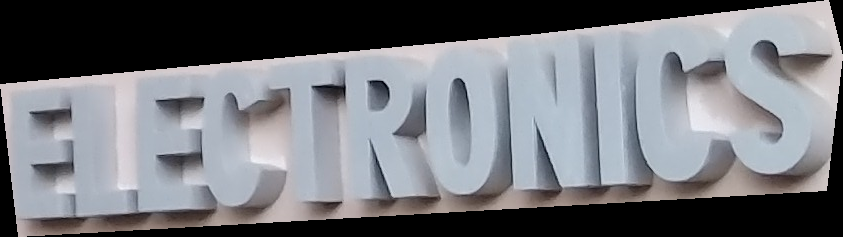
ELECTRONICS